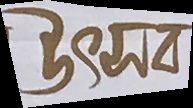
উৎসব